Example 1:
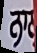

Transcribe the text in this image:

ਨਾ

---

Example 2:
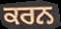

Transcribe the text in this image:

ਕਰਨ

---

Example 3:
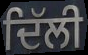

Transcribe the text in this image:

ਦਿੱਲੀ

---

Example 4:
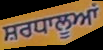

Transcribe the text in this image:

ਸ਼ਰਧਾਲੂਆਂ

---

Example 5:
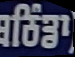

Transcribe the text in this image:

ਬਠਿੰਡਾ